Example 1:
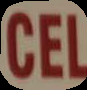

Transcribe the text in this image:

CEL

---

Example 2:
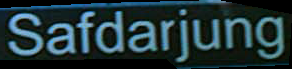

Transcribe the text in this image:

Safdarjung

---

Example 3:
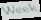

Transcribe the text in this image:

Week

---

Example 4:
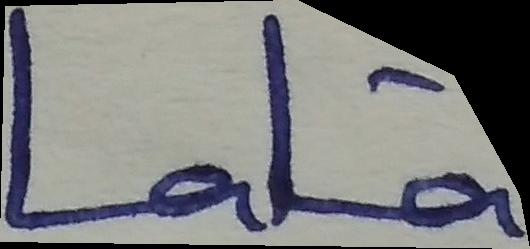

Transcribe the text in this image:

LaLa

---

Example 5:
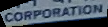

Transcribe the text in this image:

CORPORATION